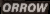
ORROW